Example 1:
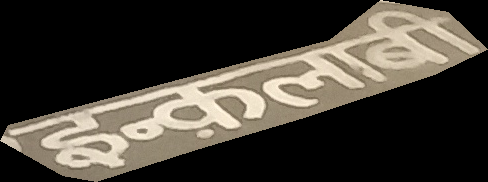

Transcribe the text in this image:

इन्क़लाबी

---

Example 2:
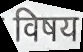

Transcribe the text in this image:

विषय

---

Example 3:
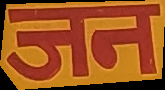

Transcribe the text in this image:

जन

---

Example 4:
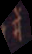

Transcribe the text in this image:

में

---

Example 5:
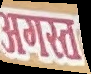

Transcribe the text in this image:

अगस्त